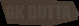
GKDUTTA